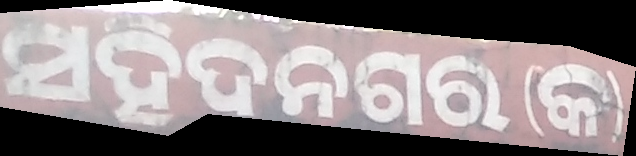
ସହିଦନଗର (କ)